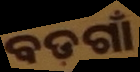
ବଡଗାଁ